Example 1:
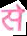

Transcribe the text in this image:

से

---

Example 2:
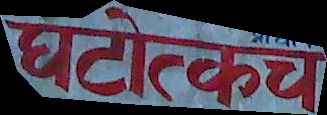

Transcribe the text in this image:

घटोत्कच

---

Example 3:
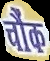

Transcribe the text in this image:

चौंक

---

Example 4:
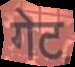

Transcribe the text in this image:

गेट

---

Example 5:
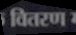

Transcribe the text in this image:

वितरण